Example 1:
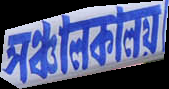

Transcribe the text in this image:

সঞ্চালকালয়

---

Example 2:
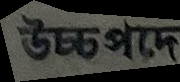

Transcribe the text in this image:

উচ্চপদে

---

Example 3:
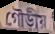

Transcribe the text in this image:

গৌড়ীয়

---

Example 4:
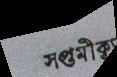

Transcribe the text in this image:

সপ্তমীকৃত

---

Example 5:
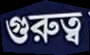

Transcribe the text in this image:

গুরুত্ব